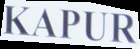
KAPUR